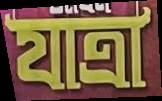
যাত্রা